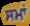
ਸਮਾਂ